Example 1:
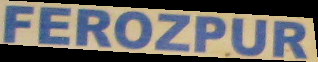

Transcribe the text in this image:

FEROZPUR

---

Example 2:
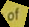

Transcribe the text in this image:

of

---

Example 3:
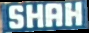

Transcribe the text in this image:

SHAH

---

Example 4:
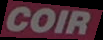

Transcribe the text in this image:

COIR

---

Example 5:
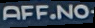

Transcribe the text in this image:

AFF.NO